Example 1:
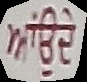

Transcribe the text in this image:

ਆਂਉਦੇ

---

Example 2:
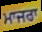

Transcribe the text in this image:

ਮਾਜਰਾ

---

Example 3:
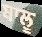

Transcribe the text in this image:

ਬਾਲੂ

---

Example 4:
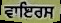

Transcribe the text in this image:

ਵਾਇਰਸ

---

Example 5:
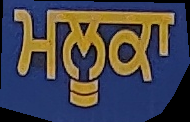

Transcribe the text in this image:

ਮਲੂਕਾ